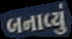
બનાવ્યું